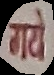
गये